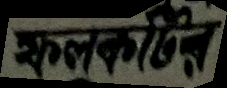
ফলকর্টির